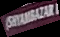
SHYAMBAZAR